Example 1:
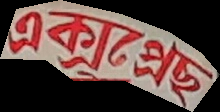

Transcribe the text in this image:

এক্সপ্রেছ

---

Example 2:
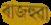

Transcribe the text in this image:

ৰাজহুৱা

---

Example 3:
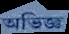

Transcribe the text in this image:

অভিজ্ঞ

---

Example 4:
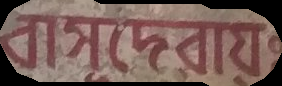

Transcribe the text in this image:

বসুদেরায়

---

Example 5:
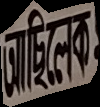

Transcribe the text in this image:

আছিলেক